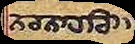
ਨਰਨਾਹਰਿਾ